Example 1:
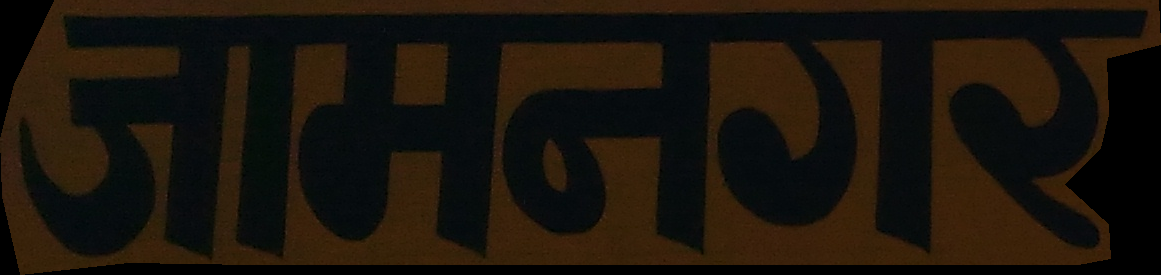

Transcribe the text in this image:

जामनगर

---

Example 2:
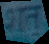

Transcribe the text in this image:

शत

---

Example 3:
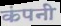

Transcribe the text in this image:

कंपनी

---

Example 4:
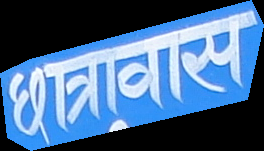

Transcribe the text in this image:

छात्रावास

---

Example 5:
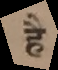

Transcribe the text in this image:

है